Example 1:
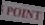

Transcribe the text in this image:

POINT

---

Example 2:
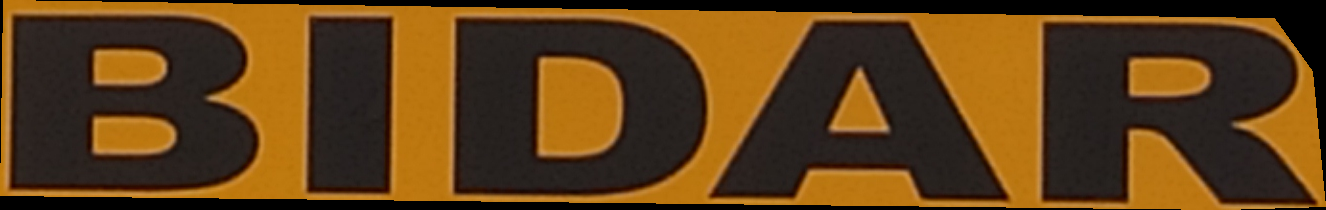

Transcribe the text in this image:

BIDAR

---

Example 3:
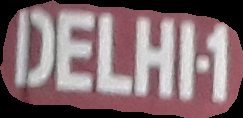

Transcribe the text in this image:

DELHI-1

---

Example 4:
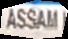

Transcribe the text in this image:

ASSAM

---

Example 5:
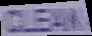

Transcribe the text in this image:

CLEAN